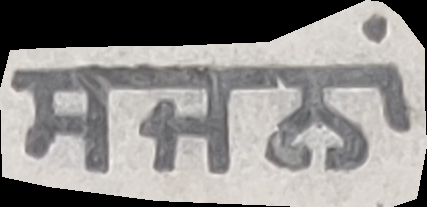
ਸਜਨਾਂ